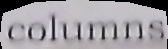
columns